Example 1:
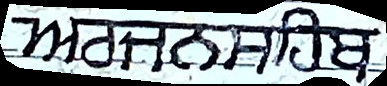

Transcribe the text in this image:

ਅਰਜਨਸਹਿਥ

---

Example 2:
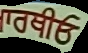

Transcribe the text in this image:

ਰਥੀਓ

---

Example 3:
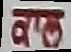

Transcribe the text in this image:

ਕਾਲ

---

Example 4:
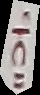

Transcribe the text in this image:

ਨੂੰ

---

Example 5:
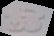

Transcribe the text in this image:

ਲਡੇ